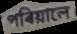
পৰিয়ালে